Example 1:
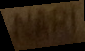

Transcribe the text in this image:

NARI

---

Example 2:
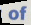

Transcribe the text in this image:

of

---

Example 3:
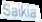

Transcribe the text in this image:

Saikia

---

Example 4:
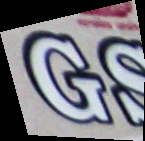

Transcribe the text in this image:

GS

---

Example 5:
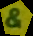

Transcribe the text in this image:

&